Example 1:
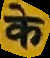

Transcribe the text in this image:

के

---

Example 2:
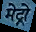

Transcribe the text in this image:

मेट्रो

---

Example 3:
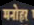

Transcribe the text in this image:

मनोहर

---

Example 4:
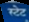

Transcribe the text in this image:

स्‍टेट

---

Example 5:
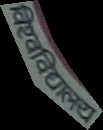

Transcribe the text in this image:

विश्वविधालय